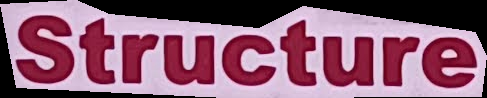
Structure